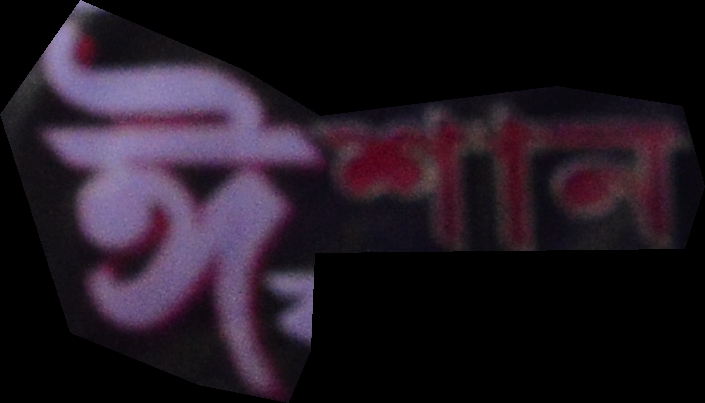
ঈশান